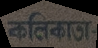
কলিকাতা